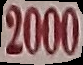
2000